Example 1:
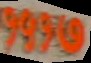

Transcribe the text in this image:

१५१७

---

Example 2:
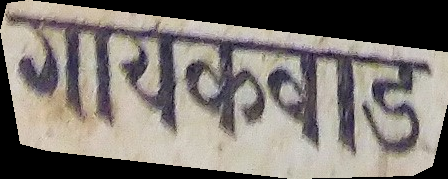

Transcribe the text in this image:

गायकवाड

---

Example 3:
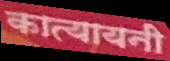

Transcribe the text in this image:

कात्यायनी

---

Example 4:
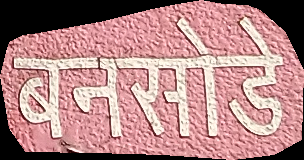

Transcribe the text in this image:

बनसोडे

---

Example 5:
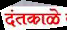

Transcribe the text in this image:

दंतकाळे